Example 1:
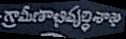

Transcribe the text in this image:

-గ్రామీణాభివృద్ధిశాఖ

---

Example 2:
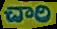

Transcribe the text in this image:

చారి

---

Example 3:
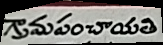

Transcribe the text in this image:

గ్రామపంచాయతి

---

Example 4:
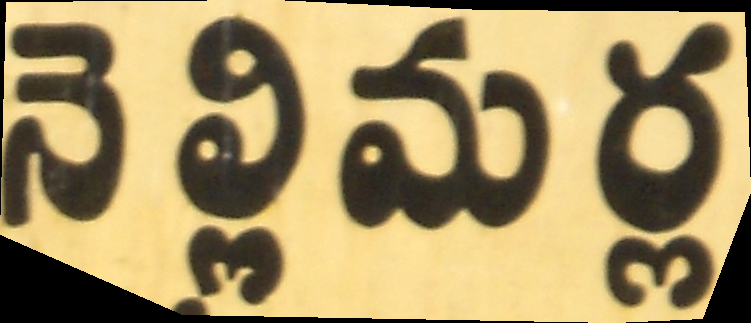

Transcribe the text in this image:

నెల్లిమర్ల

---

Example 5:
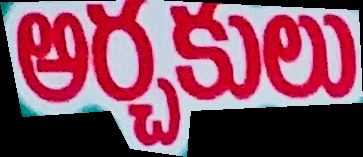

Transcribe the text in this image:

అర్చకులు